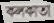
কলকাতা